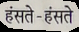
हंसते-हंसते